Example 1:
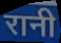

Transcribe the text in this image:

रानी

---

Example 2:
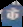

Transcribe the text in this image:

के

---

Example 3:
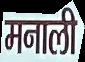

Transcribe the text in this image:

मनाली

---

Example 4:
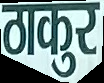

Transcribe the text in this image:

ठाकुर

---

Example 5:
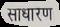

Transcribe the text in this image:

साधारण